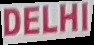
DELHI